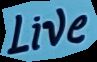
Live